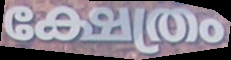
ക്ഷേത്രം